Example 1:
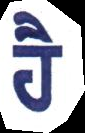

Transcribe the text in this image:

ਹੈ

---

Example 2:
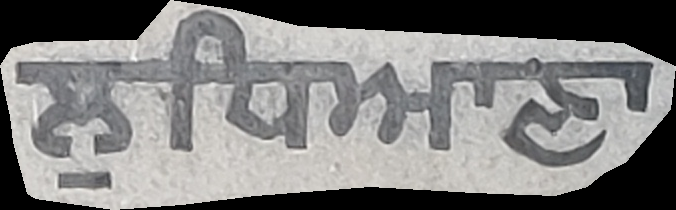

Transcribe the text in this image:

ਲੁਧਿਆਣਾ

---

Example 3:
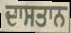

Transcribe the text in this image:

ਦਾਸਤਾਨ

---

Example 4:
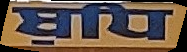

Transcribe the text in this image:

ਬੁਧਿ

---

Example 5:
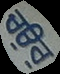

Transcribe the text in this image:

ਰਉਰ